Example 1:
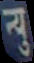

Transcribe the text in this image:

न्यु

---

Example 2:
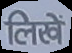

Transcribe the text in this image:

लिखें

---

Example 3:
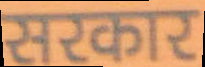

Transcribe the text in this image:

सरकार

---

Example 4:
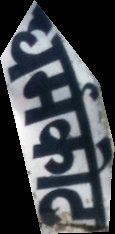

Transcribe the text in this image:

धर्मकोट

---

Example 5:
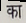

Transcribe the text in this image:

का